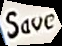
Save